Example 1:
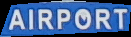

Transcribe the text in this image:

AIRPORT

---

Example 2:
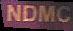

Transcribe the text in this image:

NDMC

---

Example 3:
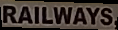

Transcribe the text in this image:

RAILWAYS,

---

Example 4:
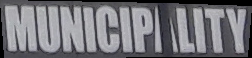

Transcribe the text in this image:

MUNICIPALITY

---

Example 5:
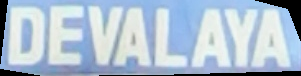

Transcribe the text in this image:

DEVALAYA